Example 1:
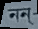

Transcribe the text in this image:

নন্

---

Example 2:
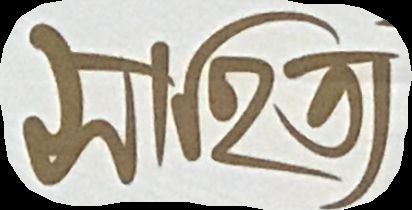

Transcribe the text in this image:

সাহিত্য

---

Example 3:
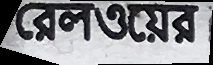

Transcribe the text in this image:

রেলওয়ের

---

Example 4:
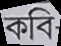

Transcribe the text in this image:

কবি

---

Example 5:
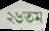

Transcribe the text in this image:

২৬তম